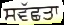
ਸਵੱਛਤਾ